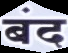
बंद